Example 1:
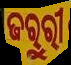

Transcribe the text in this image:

ଜରୁରୀ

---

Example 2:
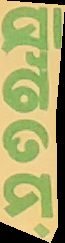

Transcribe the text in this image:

ସ୍ବାଗତମ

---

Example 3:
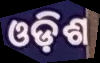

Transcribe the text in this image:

ଓଡ଼ିଶ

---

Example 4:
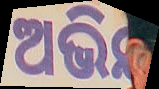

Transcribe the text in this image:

ଅଭି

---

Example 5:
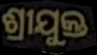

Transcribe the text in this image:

ଶ୍ରୀଯୁକ୍ତ